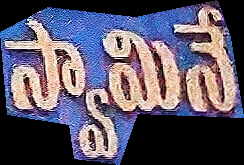
స్వామినే